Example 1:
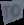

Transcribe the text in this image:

TO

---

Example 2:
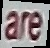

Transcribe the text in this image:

are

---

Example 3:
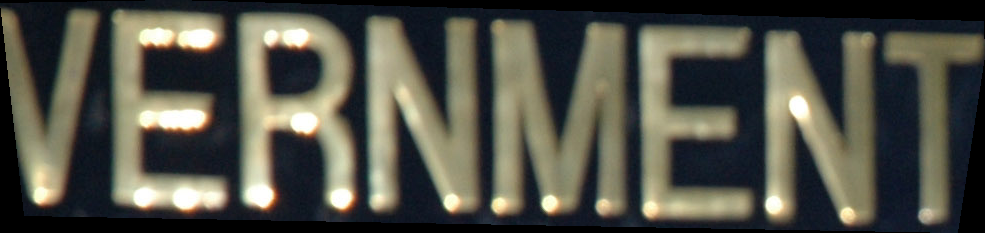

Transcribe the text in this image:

VERNMENT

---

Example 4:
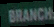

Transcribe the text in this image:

BRANCH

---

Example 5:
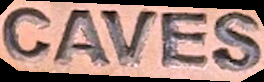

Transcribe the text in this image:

CAVES